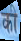
की